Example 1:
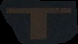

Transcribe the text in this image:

T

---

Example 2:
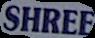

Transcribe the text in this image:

SHREE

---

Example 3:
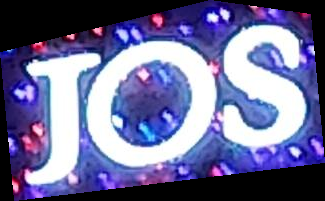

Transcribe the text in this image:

JOS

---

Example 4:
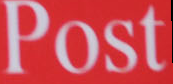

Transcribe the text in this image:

Post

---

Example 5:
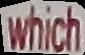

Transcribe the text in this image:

which